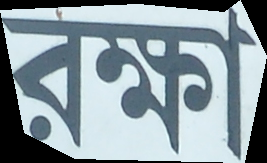
রক্ষা